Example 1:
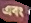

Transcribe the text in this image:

এবং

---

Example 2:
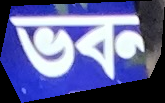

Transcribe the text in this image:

ভব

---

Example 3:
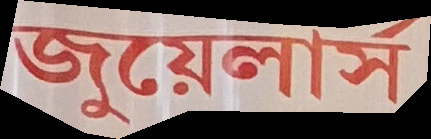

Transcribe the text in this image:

জুয়েলার্স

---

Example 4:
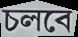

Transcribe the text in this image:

চলবে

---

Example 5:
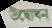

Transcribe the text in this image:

উদ্বোধন